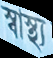
স্বাস্থ্য